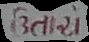
ઉતારો